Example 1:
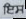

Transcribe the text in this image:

ਇਸ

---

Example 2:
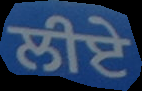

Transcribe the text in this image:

ਲੀਏ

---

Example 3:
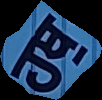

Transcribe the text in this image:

ਹਥੁ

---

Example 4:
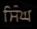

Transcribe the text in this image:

ਸਿੰਘ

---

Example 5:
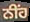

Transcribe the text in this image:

ਨੀਂਹ